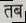
तब